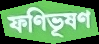
ফণিভূষণ